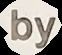
by